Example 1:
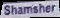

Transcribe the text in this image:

Shamsher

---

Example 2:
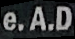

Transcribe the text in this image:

e.A.D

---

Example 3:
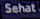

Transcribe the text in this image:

Sehat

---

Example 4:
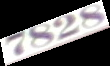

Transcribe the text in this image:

7828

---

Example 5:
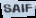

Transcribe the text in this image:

SAIF